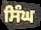
ਸਿੰਘ